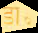
डा.